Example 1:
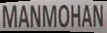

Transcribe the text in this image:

MANMOHAN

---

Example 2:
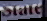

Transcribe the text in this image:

State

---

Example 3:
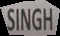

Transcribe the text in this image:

SINGH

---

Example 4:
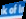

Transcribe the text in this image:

k of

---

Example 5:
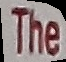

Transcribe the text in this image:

The